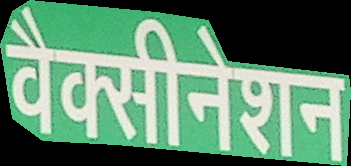
वैक्सीनेशन